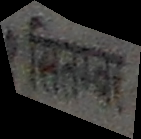
सितम्बर